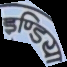
इण्डिया